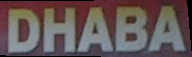
DHABA